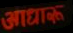
आधारू